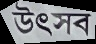
উৎসব